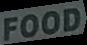
FOOD